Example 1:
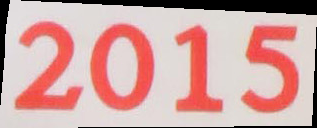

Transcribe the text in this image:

2015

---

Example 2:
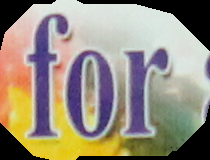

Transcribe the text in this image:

for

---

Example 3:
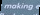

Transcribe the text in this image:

making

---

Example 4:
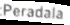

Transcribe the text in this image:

Peradala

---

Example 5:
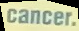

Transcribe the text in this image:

cancer.